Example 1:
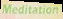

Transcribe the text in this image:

Meditation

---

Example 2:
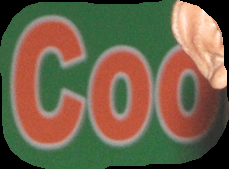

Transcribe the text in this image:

Coo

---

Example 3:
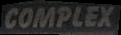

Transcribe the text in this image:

COMPLEX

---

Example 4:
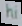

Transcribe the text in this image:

hi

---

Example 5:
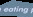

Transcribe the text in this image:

eating